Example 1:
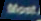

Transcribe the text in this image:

Most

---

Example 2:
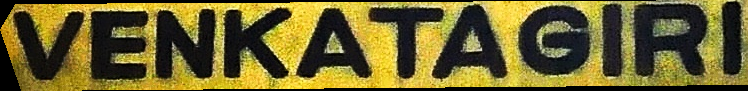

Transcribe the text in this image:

VENKATAGIRI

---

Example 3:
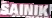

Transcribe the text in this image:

SAINIK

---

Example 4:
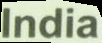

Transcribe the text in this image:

India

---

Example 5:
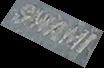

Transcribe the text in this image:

SWAMI